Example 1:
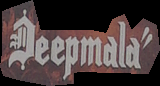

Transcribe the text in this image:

Deepmala CREATIONS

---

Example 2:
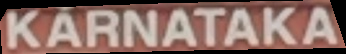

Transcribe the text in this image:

KARNATAKA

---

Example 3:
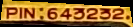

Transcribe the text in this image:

PIN:643232.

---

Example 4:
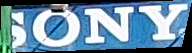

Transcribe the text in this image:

SONY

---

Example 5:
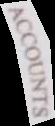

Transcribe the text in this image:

ACCOUNTS